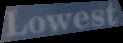
Lowest